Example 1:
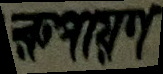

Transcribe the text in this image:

রুপায়ণ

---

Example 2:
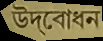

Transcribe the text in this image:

উদ্বোধন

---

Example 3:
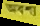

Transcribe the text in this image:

অবশ্য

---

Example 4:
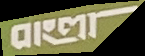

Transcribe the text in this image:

বাংলা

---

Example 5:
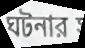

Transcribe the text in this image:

ঘটনার